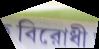
বিরোধী